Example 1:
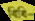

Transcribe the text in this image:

বিধি-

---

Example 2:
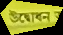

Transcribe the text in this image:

উদ্বোধন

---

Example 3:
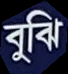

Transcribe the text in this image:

বুঝি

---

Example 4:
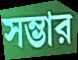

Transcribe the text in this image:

সম্ভার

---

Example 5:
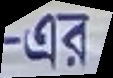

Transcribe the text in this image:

-এর